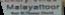
Malayattoor